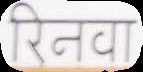
रिनवा